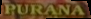
PURANA